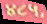
४८५,